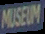
MUSEUM